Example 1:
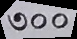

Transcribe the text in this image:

৩০০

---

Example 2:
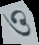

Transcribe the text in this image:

ও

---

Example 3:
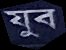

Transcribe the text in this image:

যুব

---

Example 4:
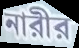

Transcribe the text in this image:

নারীর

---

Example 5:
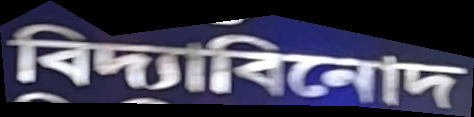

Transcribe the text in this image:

বিদ্যাবিনোদ